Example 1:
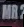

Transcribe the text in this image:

MR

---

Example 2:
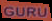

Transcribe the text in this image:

GURU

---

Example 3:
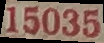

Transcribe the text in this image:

15035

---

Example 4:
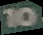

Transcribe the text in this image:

10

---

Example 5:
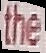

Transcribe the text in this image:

the